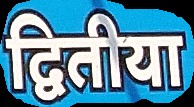
द्वितीया